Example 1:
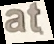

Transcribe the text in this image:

at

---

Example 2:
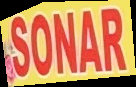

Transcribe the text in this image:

SONAR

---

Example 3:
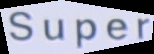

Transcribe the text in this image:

Super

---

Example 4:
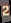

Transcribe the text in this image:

2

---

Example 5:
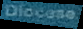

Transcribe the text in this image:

Diocese